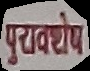
पुरावशेष